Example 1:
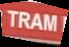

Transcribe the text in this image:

TRAM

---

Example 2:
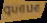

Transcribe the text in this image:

queue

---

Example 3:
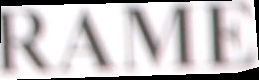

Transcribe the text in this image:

RAME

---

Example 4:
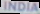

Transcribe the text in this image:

INDIA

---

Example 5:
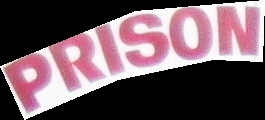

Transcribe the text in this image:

PRISON